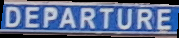
DEPARTURE